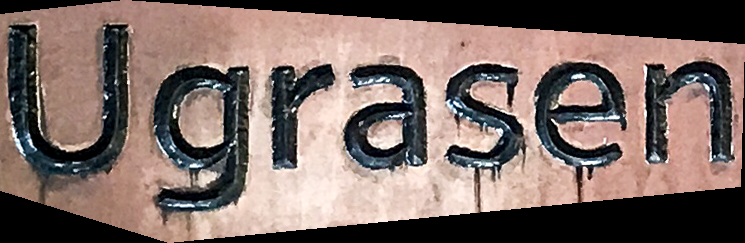
Ugrasen